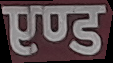
एण्ड